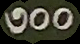
৩০০